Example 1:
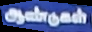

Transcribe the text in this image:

ஆண்டுகள்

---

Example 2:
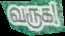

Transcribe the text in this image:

வருக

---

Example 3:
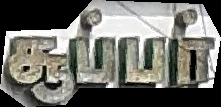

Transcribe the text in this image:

சூப்பா்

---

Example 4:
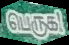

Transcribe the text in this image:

பெருக!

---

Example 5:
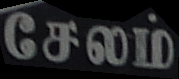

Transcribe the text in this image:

சேலம்